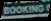
BOOKING